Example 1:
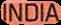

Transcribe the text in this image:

INDIA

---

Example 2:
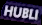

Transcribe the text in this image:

HUBLI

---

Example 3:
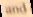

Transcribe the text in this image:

and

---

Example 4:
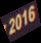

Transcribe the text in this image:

2016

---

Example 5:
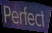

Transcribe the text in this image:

Perfect